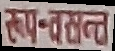
रूप-वसन्त